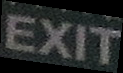
EXIT